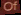
Of